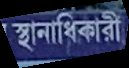
স্থানাধিকারী